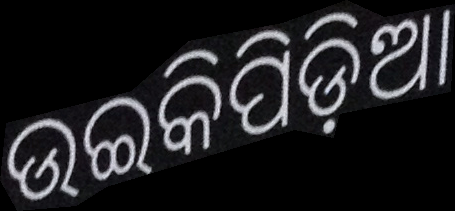
ଉଇକିପିଡ଼ିଆ